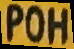
POH